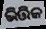
ଭିଭିକ